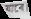
যাবে।